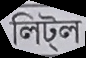
লিট্ল